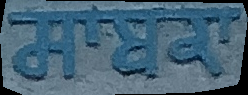
ਸਾਬਕਾ